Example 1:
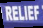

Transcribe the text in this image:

RELIEF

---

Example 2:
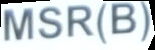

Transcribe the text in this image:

MSR(B)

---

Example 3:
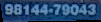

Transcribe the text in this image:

98144-79043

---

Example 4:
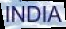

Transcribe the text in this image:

INDIA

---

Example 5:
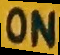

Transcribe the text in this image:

ON